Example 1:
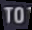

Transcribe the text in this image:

TO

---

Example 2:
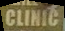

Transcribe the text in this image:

CLINIC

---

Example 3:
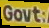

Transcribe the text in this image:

Govt:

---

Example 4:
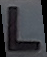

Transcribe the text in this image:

L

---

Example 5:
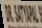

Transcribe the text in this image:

DR.SATIAPALS